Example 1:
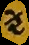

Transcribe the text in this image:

ਦੇ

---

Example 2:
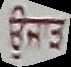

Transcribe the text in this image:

ਉਜਾੜ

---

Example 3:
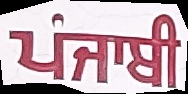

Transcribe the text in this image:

ਪੰਜਾਬੀ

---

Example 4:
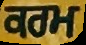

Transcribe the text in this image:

ਕਰਮ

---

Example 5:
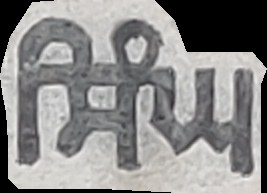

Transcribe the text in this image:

ਸਿੰਘ